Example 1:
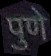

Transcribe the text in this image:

पुणे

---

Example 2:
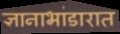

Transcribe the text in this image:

ज्ञानाभांडारात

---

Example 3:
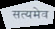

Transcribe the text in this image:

सत्यमेव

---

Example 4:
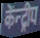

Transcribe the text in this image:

केंन्द्रीय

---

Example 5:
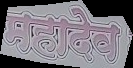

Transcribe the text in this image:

महादेव